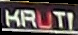
KRUTI